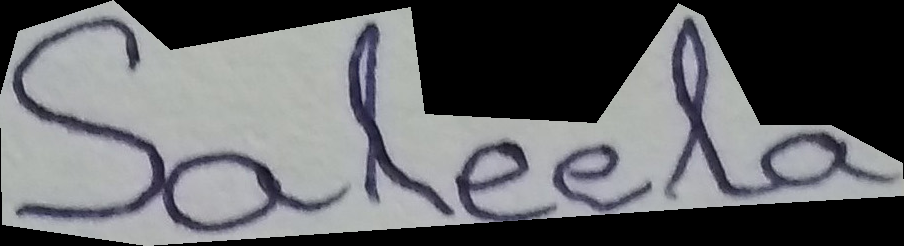
Saleela